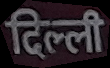
दिल्ली